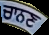
ਚਾਨਣ